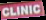
CLINIC